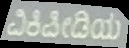
ವಿಕಿಪೀಡಿಯ